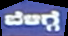
ಬೆಳಗ್ಗ